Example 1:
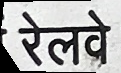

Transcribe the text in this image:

रेलवे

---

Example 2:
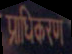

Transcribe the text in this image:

प्राधिकरण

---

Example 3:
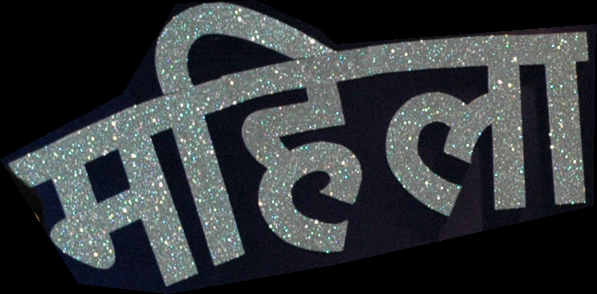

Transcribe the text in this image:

महिला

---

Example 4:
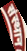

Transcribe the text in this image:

संस्थान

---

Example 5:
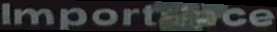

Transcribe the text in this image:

५००००००३००